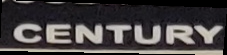
CENTURY